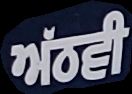
ਅੱਠਵੀ